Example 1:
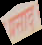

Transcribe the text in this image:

प्रसाद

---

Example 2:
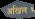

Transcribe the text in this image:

अखिल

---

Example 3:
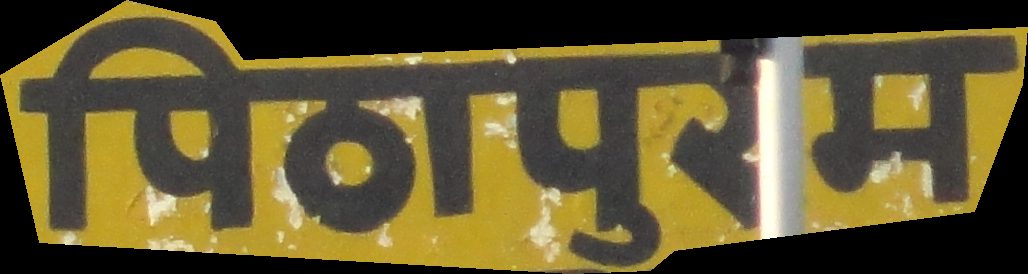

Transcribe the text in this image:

पिठापुरम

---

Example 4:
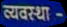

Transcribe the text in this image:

व्यवस्था-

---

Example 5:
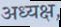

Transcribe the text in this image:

अध्यक्ष